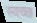
स्वच्छ